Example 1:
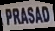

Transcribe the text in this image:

PRASAD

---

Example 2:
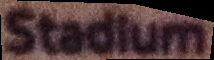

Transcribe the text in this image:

Stadium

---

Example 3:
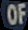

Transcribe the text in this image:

OF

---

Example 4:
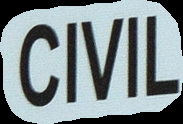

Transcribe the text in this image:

CIVIL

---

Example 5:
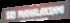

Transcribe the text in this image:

SRI MAHALAKSHMI